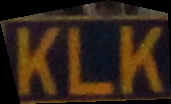
KLK